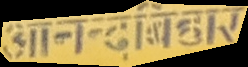
आनन्दबिहार